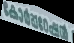
കോർഗറേഷൻ